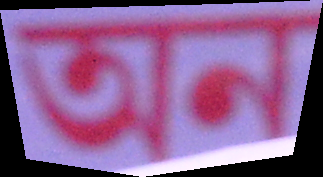
অন